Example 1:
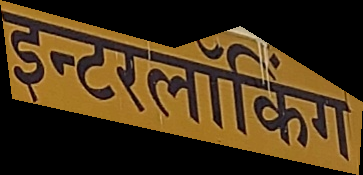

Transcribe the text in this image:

इन्टरलॉकिंग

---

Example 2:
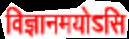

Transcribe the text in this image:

विज्ञानमयोऽसि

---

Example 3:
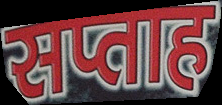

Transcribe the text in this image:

सप्ताह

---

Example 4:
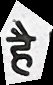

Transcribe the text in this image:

है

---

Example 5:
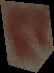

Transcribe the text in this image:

टूर